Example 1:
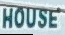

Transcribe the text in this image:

HOUSE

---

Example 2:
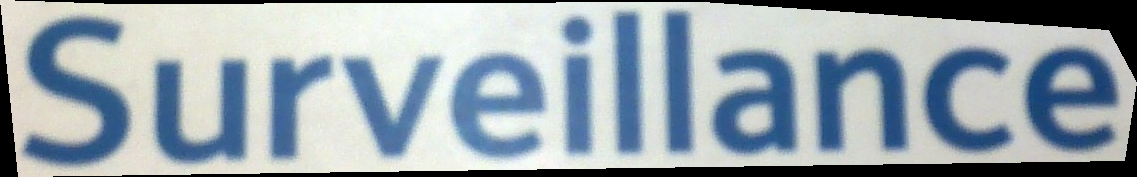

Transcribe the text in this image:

Surveillance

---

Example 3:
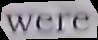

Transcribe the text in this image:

were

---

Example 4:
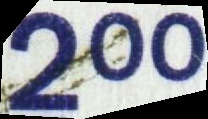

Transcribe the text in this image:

200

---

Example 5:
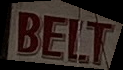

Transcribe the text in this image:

BELT